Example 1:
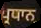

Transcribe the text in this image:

ਪ੍ਰਧਾਨ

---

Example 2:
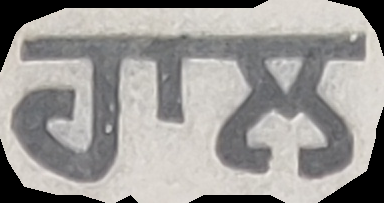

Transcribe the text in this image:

ਹਾਲ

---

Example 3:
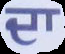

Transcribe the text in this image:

ਦਾ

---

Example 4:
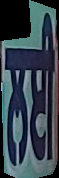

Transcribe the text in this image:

ਲਈ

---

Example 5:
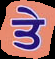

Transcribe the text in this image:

ਤੇ